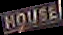
HOUSE